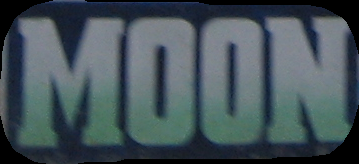
MOON